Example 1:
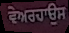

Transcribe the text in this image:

ਵੇਅਰਹਾਉਸ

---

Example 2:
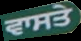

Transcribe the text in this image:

ਵਾਸਤੇ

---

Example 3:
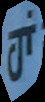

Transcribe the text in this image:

ਹਾਂ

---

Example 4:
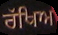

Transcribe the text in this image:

ਰੱਖਿਅ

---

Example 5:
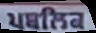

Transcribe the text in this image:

ਪਬਲਿਕ